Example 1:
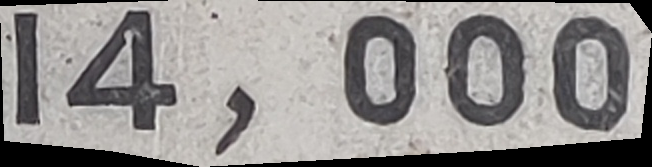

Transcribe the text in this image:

14,000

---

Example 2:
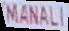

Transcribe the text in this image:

MANALI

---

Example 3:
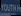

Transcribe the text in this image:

YOUTH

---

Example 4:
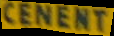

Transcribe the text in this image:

CENENT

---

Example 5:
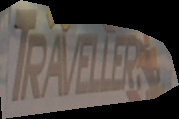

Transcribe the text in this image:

TRAVELLER